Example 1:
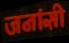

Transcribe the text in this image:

जनांसी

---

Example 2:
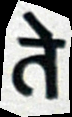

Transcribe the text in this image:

ते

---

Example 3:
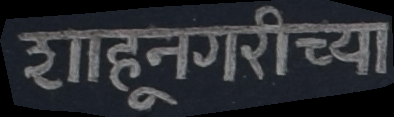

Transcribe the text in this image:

शाहूनगरीच्या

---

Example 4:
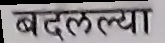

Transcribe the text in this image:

बदलल्या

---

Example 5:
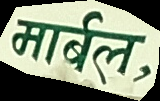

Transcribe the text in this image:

मार्बल,